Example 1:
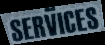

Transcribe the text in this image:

SERVICES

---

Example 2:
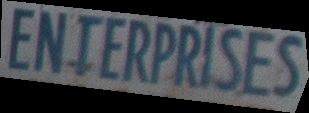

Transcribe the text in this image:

ENTERPRISES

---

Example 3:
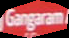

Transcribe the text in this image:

Gangaram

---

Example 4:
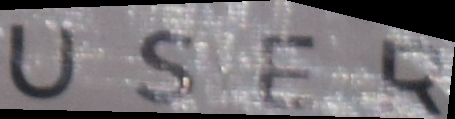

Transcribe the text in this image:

USER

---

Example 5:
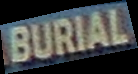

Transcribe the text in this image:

BURIAL